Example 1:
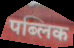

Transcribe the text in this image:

पब्लिक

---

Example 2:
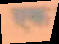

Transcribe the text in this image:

एक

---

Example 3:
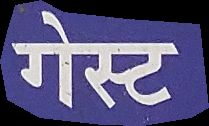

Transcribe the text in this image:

गेस्ट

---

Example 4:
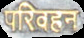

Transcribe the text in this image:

परिवहन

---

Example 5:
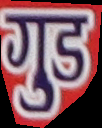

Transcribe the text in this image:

गुड